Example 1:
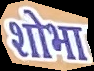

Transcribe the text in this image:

शोभा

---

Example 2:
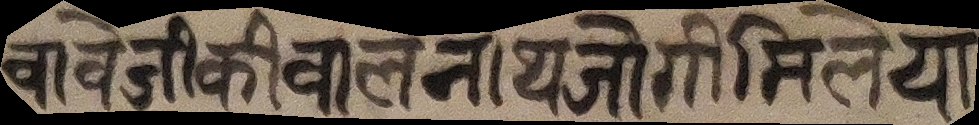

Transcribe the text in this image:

बाबेजीकीवालनाथजोगीमिलेया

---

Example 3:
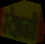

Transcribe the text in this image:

स्टेशनरी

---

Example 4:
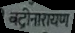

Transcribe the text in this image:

बद्रीनारायण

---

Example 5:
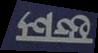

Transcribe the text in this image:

स्वच्छ